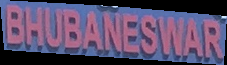
BHUBANESWAR